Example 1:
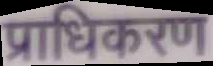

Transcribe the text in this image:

प्राधिकरण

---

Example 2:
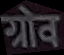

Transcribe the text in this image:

ग्रोव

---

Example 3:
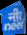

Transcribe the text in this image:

नीर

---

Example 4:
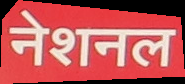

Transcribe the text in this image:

नेशनल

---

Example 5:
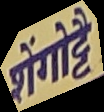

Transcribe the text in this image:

शेंगोट्टै